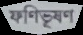
ফণিভূষণ